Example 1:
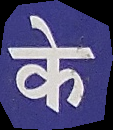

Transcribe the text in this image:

के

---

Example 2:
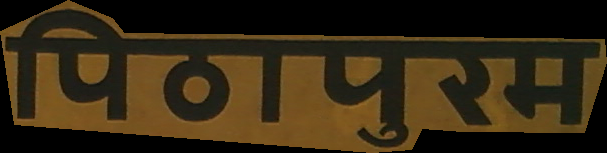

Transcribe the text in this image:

पिठापुरम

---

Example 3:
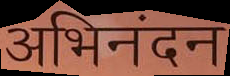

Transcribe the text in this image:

अभिनंदन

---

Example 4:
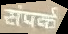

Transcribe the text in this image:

संपर्क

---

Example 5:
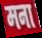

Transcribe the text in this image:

मना